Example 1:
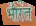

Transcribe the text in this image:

भारत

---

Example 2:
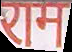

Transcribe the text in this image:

राम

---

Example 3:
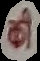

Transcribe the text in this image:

क‍ी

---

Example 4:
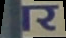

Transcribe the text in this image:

घर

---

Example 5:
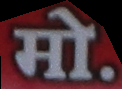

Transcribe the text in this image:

मो.